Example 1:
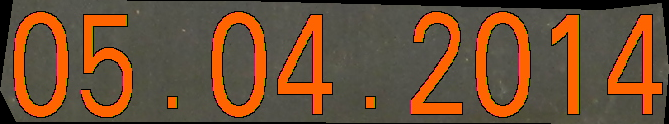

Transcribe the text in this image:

05.04.2014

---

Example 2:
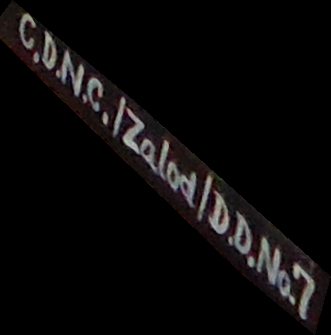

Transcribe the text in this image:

C.D.N.C./Zalod/D.D.No.7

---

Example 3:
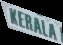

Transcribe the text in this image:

KERALA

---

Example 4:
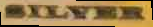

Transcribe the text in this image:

SILVER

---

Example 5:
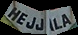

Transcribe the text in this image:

HEJJILA